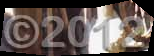
©2012